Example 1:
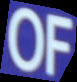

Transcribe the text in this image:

OF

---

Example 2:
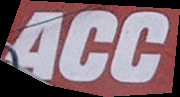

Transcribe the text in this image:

ACC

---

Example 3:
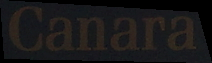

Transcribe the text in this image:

Canara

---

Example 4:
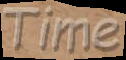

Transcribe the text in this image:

Time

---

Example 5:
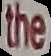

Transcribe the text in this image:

the